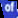
of